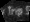
Trip